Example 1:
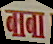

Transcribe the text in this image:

बाबा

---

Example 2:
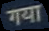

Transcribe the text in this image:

गया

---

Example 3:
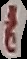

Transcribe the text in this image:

है॑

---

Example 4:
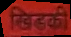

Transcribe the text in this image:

खिडकी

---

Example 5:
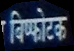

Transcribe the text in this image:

विष्फोटक